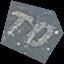
TO